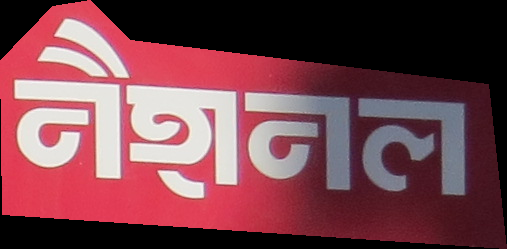
नैशनल